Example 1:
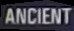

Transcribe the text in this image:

ANCIENT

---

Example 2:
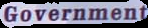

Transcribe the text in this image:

Government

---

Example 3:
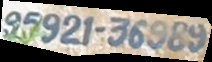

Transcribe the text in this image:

95921-36989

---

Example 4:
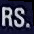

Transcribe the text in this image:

RS.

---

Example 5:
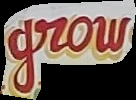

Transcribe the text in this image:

grow